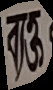
ব্যক্ত